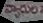
వ్యాధుల